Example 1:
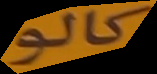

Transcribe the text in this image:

كالو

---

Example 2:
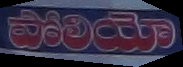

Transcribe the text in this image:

పోలియో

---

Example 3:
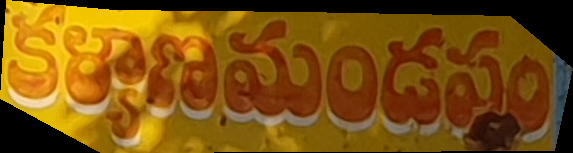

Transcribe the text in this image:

కళ్యాణ మండపం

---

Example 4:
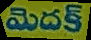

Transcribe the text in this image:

మెదక్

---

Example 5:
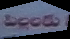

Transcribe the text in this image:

పిల్లలకు